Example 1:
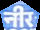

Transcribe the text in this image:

नीर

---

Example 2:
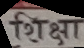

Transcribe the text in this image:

शिक्षा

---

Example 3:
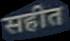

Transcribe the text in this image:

सहीत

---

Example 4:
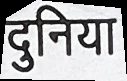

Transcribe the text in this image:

दु‍निया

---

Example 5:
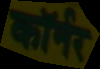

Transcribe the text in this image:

कॉर्नर